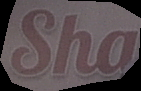
Sha